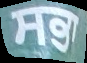
ਸਭਾ